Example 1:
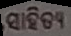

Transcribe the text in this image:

ସାହିତ୍ୟ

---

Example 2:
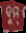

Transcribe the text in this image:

ବୁମ୍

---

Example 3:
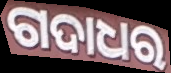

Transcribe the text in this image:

ଗଦାଧର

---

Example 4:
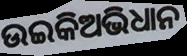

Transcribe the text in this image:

ଉଇକିଅଭିଧାନ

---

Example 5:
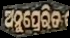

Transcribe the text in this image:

ଅନୁପ୍ରେରିତ